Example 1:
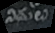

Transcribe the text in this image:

నిధులు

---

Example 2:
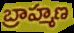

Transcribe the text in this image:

బ్రాహ్మణ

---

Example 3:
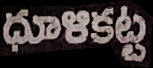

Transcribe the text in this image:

ధూళికట్ట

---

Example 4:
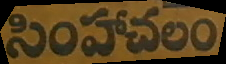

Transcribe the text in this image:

సింహాచలం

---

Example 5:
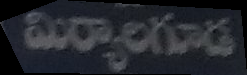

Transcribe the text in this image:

మిర్యాలగూడ